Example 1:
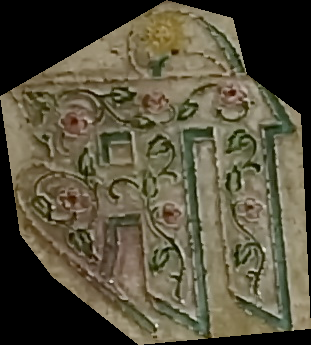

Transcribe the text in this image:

मी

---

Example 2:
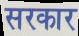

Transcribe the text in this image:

सरकार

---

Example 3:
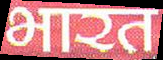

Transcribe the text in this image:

भारत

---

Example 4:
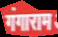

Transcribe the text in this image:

गंगाराम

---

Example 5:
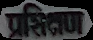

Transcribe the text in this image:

प्रशिक्षण